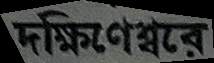
দক্ষিণেশ্বরে